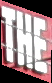
THE